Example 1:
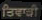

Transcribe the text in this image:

ਤਿਵਾੜੀ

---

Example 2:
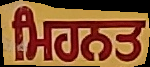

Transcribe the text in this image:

ਮਿਹਨਤ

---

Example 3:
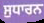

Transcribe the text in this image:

ਸੁਧਾਰਨ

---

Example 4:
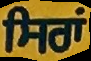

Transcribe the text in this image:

ਸਿਰਾਂ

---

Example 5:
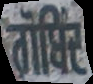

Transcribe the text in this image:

ਗੋਬਿੰਟ